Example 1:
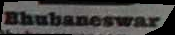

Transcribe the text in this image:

Bhubaneswar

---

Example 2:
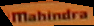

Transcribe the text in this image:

Mahindra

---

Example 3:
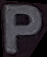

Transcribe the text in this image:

P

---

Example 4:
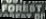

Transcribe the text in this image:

FOREST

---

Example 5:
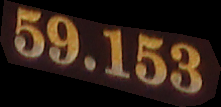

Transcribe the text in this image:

59.153